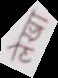
लेखा